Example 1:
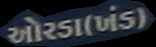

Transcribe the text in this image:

ઓરડા(ખંડ)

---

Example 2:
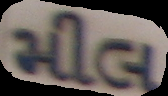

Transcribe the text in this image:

મીલ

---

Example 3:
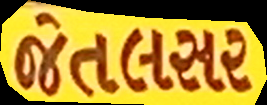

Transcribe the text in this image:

જેતલસ૨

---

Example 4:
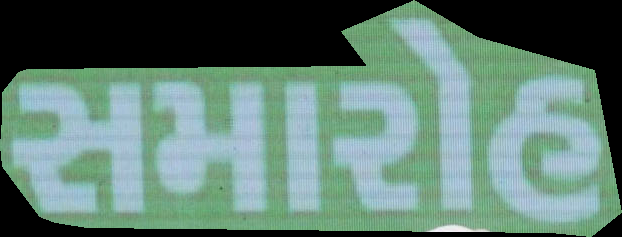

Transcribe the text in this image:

સમારોહ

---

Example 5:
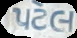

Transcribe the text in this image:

પટેલ